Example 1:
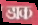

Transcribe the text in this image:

डाक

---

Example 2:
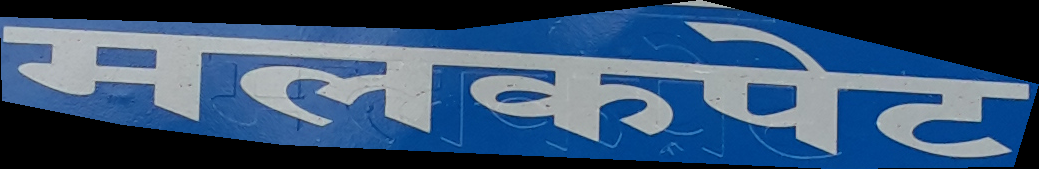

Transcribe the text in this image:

मलकपेट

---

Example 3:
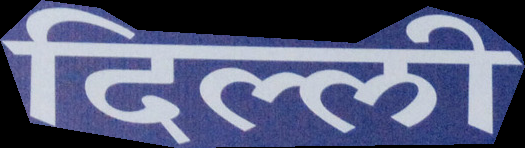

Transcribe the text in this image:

दिल्ली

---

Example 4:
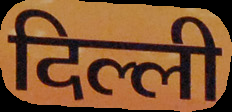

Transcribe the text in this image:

दिल्ली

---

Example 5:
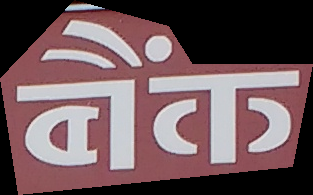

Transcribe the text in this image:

बैंक